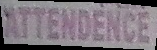
ATTENDENCE